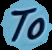
To